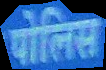
पोलिस